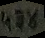
५३४